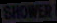
SHOWER